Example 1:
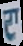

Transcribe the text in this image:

ਦਾ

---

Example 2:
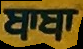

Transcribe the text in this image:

ਬਾਬਾ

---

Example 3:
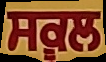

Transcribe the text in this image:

ਸਕ੍ਰਲ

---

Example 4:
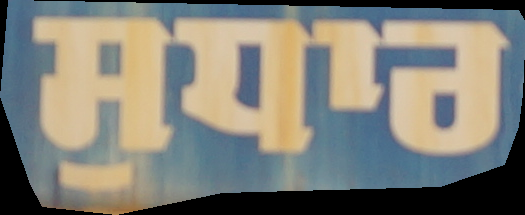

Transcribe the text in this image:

ਸੁਧਾਰ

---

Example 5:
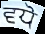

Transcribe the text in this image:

ਵਧੋ